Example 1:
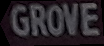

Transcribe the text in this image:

GROVE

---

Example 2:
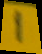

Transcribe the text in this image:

1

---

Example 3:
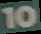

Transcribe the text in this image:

10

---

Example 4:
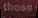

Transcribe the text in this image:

those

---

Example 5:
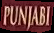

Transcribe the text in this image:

PUNJABI